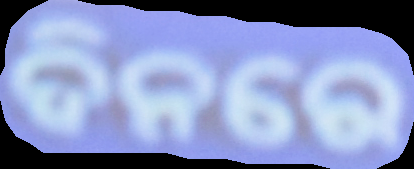
ଦିନରେ